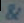
&